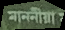
মাননীয়া